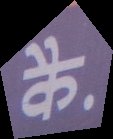
कै.